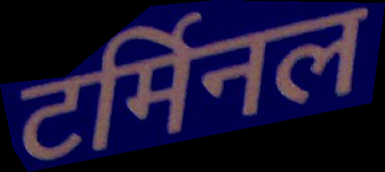
टर्मिनल